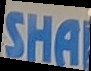
SHAI